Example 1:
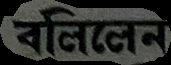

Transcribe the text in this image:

বলিলেন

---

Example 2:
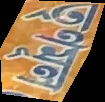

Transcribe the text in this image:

তৃণমূল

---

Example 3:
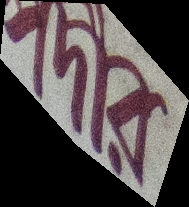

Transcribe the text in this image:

পদীর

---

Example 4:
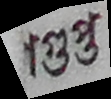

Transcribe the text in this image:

৷গুপ্ত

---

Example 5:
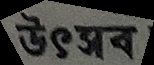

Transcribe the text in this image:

উৎসব